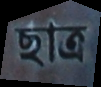
ছাত্ৰ